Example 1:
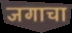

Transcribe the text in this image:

जगाचा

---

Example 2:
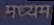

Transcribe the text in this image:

मध्यम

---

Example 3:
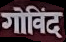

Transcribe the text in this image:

गोविंद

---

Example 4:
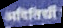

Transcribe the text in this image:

अदितिर्द्यी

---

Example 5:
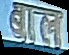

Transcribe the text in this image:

बाल